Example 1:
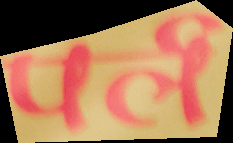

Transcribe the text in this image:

पर्ल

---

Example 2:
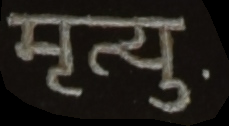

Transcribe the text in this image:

मृत्यु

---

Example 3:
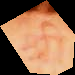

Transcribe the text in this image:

श्री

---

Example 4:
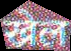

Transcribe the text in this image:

खेल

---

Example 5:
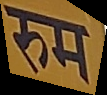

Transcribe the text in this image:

रुम